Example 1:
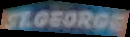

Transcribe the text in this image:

ST.GEORGE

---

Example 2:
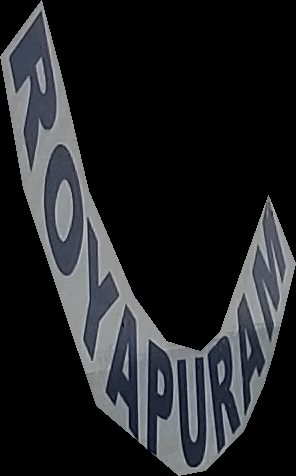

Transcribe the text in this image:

ROYAPURAM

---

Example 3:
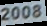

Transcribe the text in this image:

2008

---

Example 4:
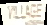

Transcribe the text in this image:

VILLAGE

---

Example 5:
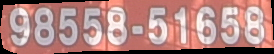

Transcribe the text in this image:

98558-51658